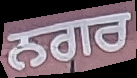
ਨਗਰ